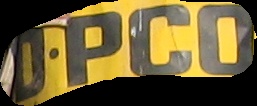
D-PCO